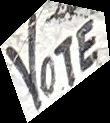
VOTE